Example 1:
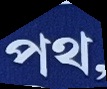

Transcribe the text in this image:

পথ,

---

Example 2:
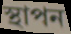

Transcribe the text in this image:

স্থাপন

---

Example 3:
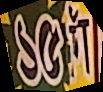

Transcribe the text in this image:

১৫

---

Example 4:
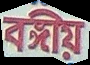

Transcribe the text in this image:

বঙ্গীয়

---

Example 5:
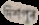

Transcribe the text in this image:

দিসপুর